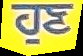
ਹੁਣ